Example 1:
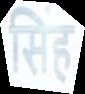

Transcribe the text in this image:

सिह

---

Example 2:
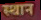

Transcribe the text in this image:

स्थान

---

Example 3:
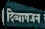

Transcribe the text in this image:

दिव्यागजन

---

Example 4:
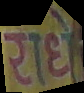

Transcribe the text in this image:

राधे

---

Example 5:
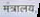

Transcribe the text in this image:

मंत्रालय